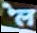
ल